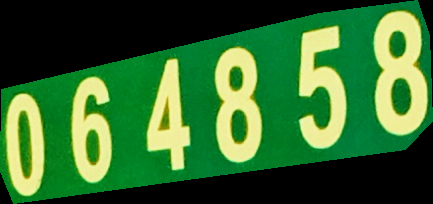
064858